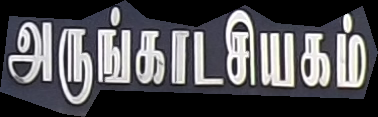
அருங்காடசியகம்